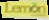
Lemon